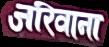
जरिवाना